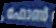
ഫോൺ